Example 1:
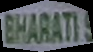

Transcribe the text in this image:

BHARATI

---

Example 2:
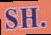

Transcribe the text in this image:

SH.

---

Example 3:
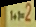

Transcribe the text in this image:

1+1=2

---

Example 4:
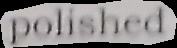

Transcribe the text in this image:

polished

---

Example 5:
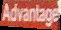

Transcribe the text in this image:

Advantage